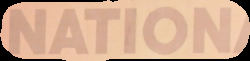
NATION